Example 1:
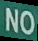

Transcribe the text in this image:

NO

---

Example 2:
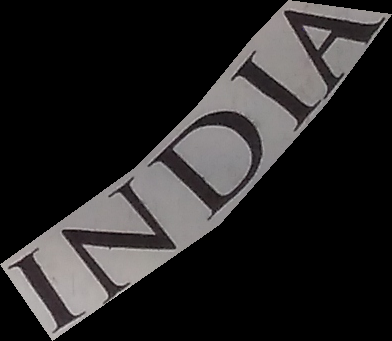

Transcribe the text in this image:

INDIA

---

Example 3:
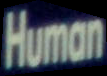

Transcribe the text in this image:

Human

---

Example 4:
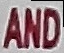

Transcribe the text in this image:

AND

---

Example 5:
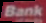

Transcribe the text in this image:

Bank